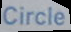
Circle